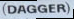
(DAGGER)